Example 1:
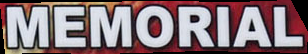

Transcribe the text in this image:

MEMORIAL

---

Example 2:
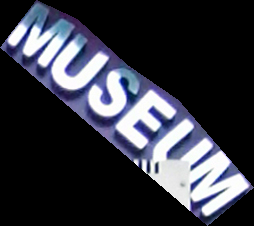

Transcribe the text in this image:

MUSEUM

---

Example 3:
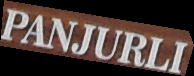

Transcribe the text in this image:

PANJURLI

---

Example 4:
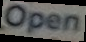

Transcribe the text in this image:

Open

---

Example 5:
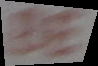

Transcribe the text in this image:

BE